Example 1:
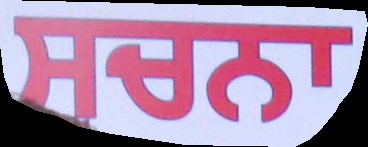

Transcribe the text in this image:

ਸਚਨਾ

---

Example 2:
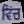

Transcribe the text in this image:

ਵਿਂਰ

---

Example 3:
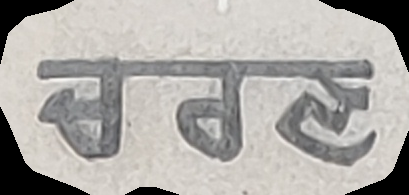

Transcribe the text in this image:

ਚਰਣ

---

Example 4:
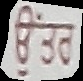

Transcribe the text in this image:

ਉੱਤਰ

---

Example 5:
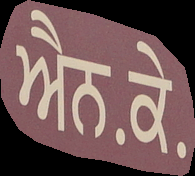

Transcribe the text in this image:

ਐਨ.ਕੇ.